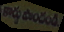
కాస్థపొందండి